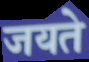
जयते